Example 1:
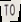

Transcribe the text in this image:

TO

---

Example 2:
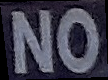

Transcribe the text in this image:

NO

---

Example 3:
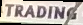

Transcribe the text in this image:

TRADING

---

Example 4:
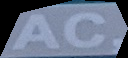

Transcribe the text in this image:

AC,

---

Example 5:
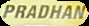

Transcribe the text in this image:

PRADHAN